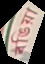
ৰঙিয়া